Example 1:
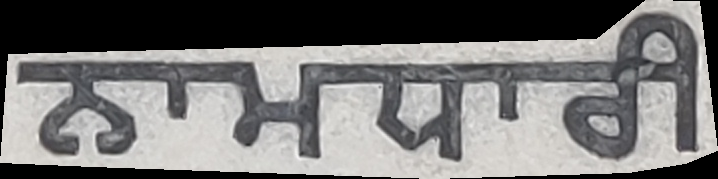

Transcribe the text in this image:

ਨਾਮਧਾਰੀ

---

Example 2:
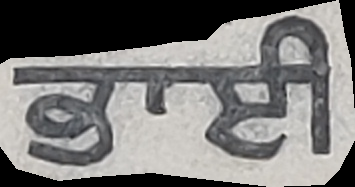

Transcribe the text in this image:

ਭਾਈ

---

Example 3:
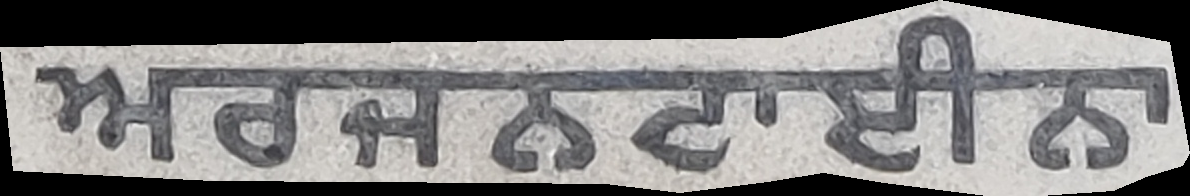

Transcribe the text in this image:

ਅਰਜਨਟਾਈਨਾ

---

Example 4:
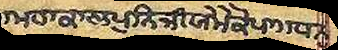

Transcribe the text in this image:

ਮਹਾਕਾਲਪੁਨਿਜੀਯਮੈਕੋਪਾ॥ਧਨ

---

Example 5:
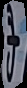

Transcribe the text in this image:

ਹੈ